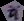
में